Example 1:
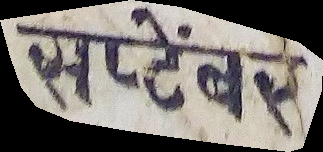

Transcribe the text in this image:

सप्टेंबर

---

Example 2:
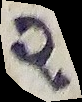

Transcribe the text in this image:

२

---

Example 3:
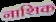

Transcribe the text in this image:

नाशिक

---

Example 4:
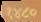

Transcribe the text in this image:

१४८०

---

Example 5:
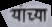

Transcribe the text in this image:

यांच्या